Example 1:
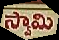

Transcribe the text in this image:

స్వామి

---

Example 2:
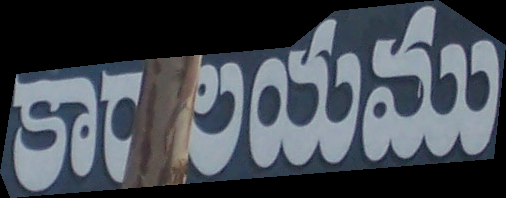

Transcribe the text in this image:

కారాలయము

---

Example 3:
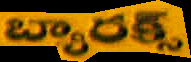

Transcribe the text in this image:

బ్యారక్స్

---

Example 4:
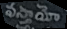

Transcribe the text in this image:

వస్తాయో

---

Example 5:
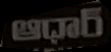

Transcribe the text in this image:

ఆధార్